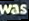
was